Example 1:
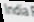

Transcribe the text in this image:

India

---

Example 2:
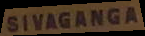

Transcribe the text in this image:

SIVAGANGA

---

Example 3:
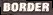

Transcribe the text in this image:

BORDER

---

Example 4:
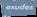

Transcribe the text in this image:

exudes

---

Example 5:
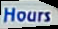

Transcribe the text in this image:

Hours